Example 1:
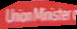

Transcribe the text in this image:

UnionMinister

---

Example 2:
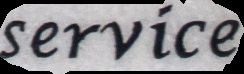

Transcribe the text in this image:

service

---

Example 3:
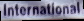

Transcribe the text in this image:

International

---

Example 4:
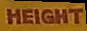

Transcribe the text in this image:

HEIGHT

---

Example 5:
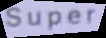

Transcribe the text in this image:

Super